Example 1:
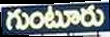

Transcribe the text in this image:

గుంటూరు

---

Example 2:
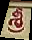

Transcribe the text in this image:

శ్ర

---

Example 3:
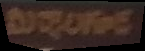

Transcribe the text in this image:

మిర్యాలగూడ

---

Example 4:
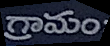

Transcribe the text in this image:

గ్రామం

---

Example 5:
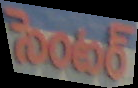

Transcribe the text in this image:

సెంటర్